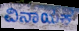
ವಿನಾಯಕ